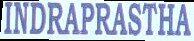
INDRAPRASTHA